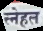
स्नेहल